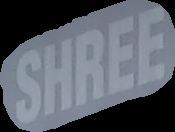
SHREE